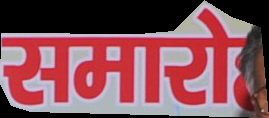
समारोह